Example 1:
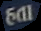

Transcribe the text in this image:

હતા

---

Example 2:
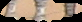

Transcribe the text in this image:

સરાવર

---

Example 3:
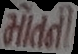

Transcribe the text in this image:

મોતની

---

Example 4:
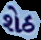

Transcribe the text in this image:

શેઠ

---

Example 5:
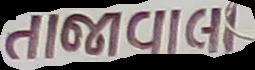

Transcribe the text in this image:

તાજાવાલા